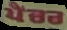
ਪੈਚਰ